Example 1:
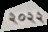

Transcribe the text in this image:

২০২২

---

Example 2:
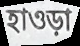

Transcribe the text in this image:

হাওড়া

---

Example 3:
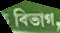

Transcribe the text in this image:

বিভাগ,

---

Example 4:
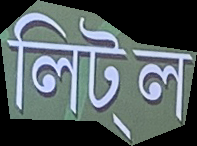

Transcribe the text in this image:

লিট্ল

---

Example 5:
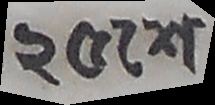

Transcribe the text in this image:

২৫শে